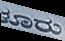
ಳೂರು